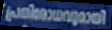
പ്രതിരോധവുമായി